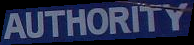
AUTHORITY